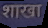
शाखा